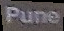
Pune